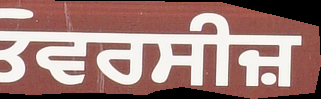
ਓਵਰਸੀਜ਼